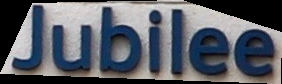
Jubilee